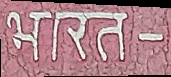
भारत-